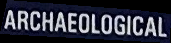
ARCHAEOLOGICAL